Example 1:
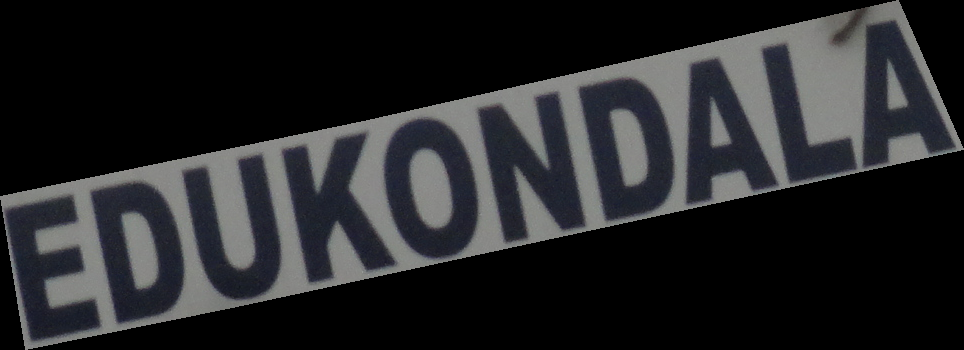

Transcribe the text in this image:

EDUKONDALA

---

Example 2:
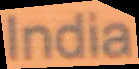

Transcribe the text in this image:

India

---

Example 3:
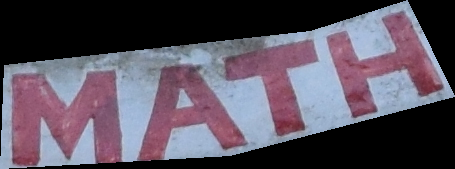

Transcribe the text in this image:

MATH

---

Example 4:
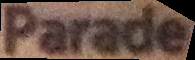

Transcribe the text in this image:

Parade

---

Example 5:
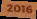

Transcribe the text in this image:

2016